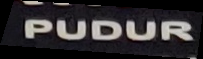
PUDUR